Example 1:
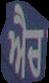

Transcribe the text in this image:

ਐੇਰ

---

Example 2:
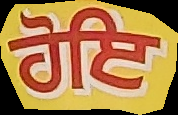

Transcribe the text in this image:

ਹੋਇ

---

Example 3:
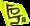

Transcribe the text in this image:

ਪੂਰਾ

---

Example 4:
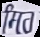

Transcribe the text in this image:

ਸਿਰ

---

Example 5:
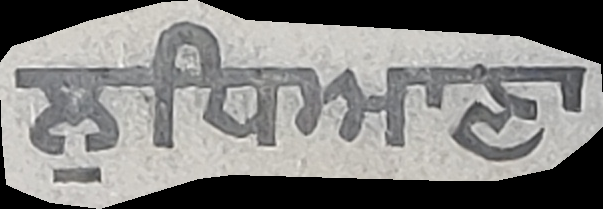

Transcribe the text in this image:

ਲੁਧਿਆਣਾ